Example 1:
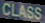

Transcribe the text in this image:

CLASS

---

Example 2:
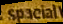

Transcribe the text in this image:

spacial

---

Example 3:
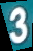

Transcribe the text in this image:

3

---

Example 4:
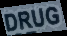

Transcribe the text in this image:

DRUG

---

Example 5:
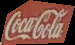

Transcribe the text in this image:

Coca-Cola